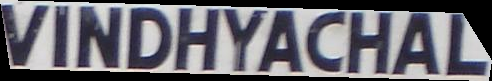
VINDHYACHAL